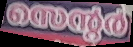
സെന്റർ